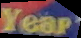
Year